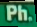
Ph.